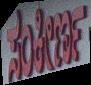
ಸಂಕೀರ್ಣ